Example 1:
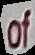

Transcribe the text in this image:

of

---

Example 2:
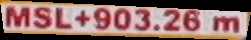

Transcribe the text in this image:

MSL+903.26m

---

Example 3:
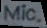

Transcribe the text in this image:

Mic,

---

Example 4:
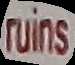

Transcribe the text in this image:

ruins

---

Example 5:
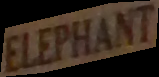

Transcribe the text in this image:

ELEPHANT